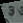
3